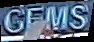
GEMS